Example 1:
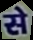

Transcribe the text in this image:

से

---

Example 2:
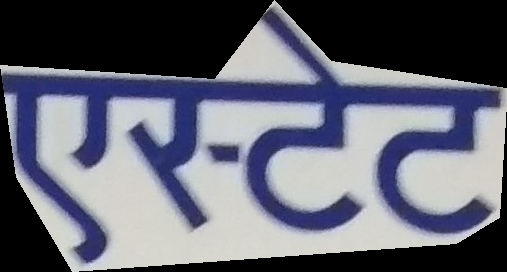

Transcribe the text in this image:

एस्टेट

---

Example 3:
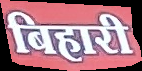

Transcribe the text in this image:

बिहारी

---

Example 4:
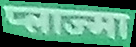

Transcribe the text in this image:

प्लाज्मा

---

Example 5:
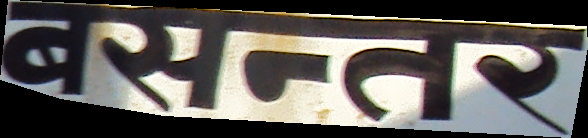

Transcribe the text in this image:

बसन्तर